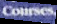
Courses,